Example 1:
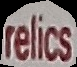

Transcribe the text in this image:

relics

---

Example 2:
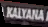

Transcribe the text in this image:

KALYANA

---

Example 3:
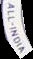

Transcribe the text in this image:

ALL-INDIA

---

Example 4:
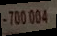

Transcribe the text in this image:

-700004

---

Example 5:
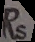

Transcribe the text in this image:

Rs